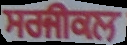
ਸਰਜੀਕਲ